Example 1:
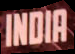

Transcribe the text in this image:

INDIA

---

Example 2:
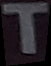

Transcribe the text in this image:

T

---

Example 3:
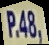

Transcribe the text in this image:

P.48,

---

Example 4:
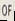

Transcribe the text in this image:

OF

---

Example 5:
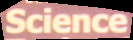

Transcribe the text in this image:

Science